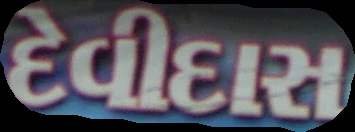
દેવીદાસ